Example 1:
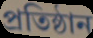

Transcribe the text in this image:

প্ৰতিষ্ঠান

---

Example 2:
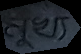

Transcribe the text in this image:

মুখ্য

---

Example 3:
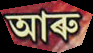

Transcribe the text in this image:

আৰু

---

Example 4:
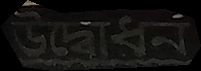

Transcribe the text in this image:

উদ্বোধন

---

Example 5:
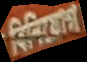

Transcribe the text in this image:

বিনিয়োগ